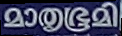
മാതൃഭൂമി